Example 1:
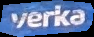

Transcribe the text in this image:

verka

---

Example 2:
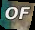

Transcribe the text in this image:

OF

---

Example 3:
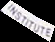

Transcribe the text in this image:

INSTITUTE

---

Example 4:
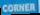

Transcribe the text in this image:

CORNER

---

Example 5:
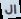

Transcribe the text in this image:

JI